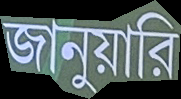
জানুয়ারি